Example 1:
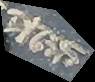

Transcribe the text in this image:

পক্ষে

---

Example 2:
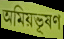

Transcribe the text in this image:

অমিয়ভূষণ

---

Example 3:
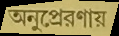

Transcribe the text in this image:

অনুপ্রেরণায়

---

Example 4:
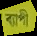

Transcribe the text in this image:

ব্যাপী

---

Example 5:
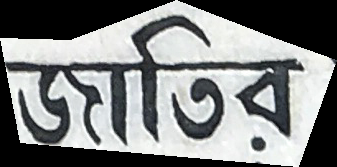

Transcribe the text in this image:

জাতির